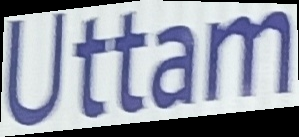
Uttam